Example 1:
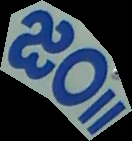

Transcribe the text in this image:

జం॥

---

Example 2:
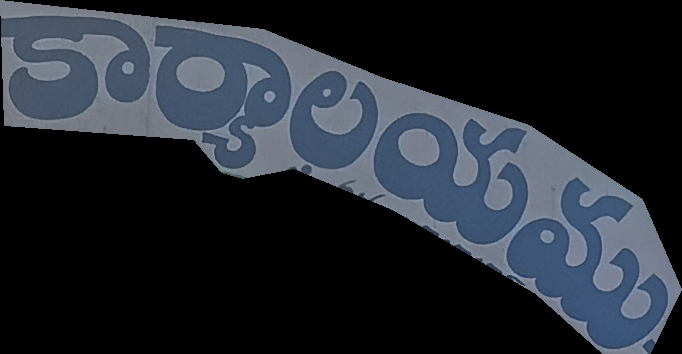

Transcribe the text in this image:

కార్యాలయము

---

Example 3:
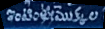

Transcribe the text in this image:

ఇంటింటి మొక్కల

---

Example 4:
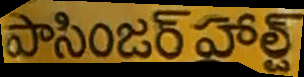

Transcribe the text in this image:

పాసింజర్ హాల్ట్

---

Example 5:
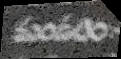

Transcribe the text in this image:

మండటం